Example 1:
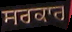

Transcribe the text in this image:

ਸਰਕਾਰ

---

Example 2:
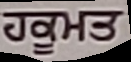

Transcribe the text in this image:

ਹਕੂਮਤ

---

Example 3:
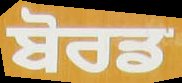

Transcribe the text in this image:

ਬੋਰਡ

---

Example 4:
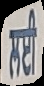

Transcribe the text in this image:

ਲਈ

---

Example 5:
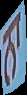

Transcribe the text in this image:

ਨਾ